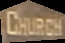
CHURCH